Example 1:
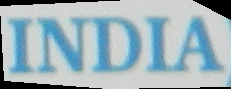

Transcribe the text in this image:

INDIA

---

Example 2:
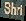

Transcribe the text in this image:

Shri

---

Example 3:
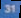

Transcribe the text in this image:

31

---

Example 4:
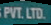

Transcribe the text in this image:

PVT.LTD.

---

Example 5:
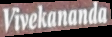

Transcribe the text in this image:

Vivekananda